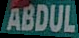
ABDUL